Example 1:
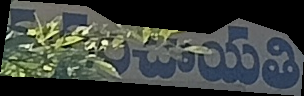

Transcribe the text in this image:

చాయతి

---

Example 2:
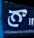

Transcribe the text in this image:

గ్రా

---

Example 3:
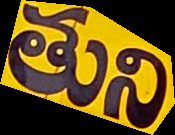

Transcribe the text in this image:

తుని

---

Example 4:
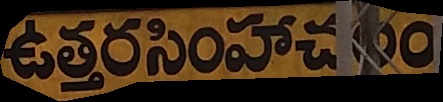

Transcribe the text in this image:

ఉత్తరసింహాచం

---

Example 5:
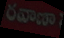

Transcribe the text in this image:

రవాణా